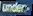
under